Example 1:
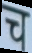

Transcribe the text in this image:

च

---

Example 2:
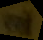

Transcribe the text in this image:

रखे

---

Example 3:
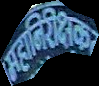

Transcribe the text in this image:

महानिरीक्षक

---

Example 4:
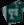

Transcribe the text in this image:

पूर्व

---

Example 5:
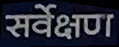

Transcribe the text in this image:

सर्वेक्षण